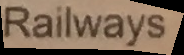
Railways